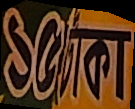
১৫-টোকা